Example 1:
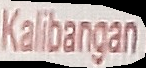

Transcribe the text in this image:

Kalibangan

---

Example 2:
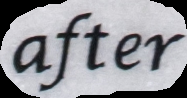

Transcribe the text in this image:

after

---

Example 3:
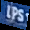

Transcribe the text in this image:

LPS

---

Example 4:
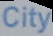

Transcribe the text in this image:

City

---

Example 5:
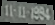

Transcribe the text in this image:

11-11-1994